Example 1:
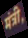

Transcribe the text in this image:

मंत्री,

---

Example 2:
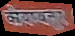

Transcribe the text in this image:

कोयम्बटूर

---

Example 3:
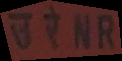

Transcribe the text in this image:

उ रे NR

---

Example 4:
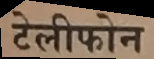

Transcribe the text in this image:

टेलीफोन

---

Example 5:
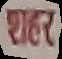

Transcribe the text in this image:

शहर